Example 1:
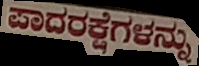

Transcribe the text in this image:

ಪಾದರಕ್ಷೆಗಳನ್ನು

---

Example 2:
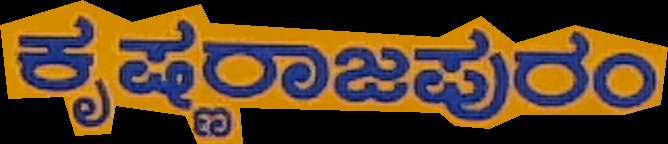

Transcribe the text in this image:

ಕೃಷ್ಣರಾಜಪುರಂ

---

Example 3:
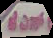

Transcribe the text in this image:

ಕೆಎಸ್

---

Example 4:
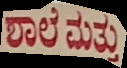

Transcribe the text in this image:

ಶಾಲೆಮತ್ತು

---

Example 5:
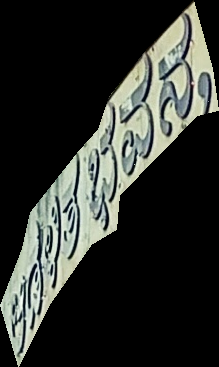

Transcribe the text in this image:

ಆಡಳಿತ ಭವನ,